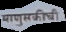
माणुसकीची